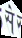
से